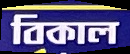
বিকাল